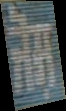
ਜੋਸ